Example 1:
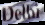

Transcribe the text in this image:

Delhi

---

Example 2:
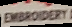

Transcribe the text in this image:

EMBROIDERY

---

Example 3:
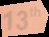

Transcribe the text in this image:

13th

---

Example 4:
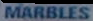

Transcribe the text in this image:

MARBLES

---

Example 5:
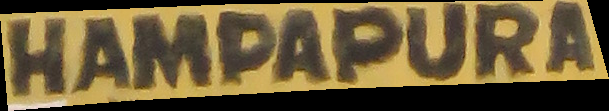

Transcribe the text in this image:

HAMPAPURA